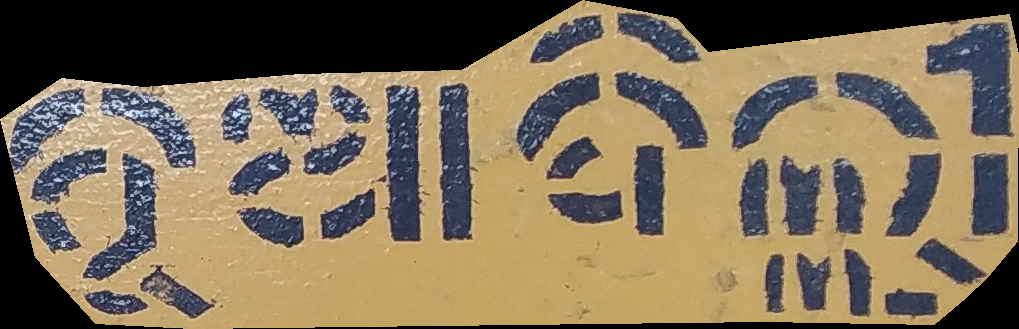
ନୂଆଦିଲ୍ଲୀ